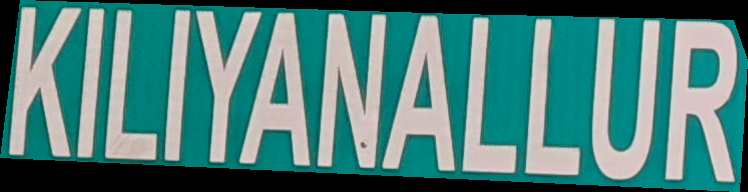
KILIYANALLUR